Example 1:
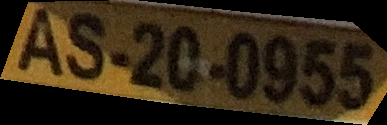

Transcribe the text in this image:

AS-20-0955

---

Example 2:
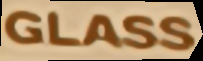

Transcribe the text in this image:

GLASS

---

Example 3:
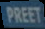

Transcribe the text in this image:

PREET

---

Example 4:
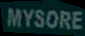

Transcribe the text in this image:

MYSORE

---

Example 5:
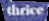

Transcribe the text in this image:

thrice